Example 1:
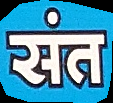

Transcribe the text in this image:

संत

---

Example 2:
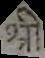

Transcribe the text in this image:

श्री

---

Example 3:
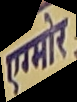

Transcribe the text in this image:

एग्मोर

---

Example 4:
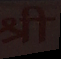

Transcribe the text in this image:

श्री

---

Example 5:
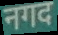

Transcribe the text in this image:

नगद